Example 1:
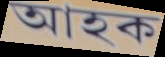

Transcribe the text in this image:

আহক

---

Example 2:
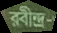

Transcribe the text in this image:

রবীন্দ্র-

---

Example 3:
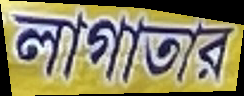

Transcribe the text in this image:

লাগাতার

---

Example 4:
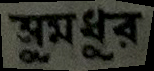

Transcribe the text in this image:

সুমধুর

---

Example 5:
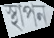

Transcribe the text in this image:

স্থাপন